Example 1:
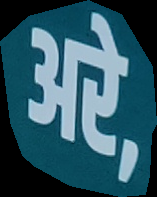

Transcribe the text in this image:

अरे,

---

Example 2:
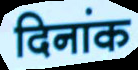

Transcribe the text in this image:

दिनांक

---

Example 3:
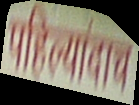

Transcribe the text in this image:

पहिल्यांवाच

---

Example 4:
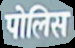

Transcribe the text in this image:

पोलिस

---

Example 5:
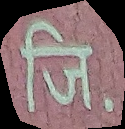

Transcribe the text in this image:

जि.